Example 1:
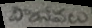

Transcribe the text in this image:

పౌరసేవలు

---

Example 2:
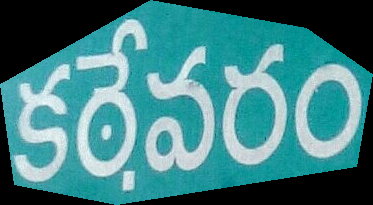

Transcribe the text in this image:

కఠేవరం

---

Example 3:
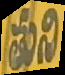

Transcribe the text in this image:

తుని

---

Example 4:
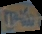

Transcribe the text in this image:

గ్రామ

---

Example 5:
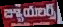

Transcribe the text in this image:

జ్యూయలర్స్